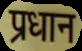
प्रधान